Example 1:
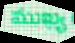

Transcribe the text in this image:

ముఖ్య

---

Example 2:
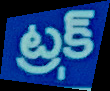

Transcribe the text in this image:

ట్రక్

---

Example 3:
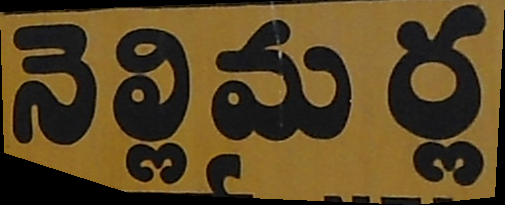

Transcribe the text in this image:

నెల్లిమర్ల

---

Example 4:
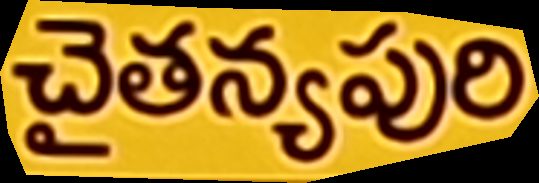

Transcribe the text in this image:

చైతన్యపురి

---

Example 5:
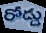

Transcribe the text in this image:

రోడ్డు